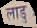
लाडु